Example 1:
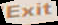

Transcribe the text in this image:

Exit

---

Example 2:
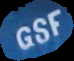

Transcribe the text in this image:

GSF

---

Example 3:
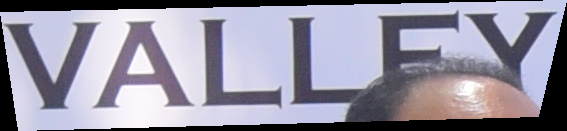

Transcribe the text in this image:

VALLEY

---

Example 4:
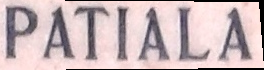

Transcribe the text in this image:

PATIALA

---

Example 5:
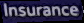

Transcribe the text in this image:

Insurance